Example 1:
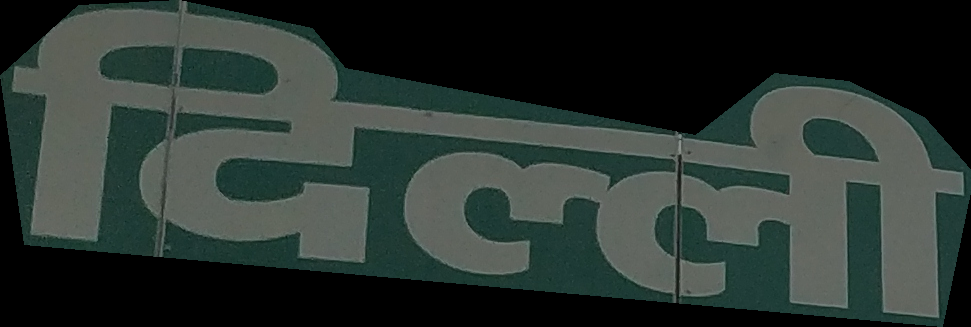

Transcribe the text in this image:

दिल्ली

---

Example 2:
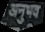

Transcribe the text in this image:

अनुभव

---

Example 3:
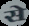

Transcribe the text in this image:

से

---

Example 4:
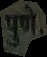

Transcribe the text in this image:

पुणे.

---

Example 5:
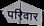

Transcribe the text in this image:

परिवार